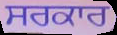
ਸਰਕਾਰ